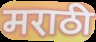
मराठी